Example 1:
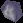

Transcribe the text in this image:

&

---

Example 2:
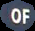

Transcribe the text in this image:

OF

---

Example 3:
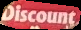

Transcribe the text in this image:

Discount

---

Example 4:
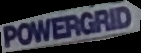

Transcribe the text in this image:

POWERGRID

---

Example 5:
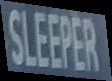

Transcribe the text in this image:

SLEEPER